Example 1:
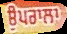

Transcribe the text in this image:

ਉਪਰਾਲਾ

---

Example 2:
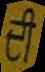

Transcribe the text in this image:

ਦੀ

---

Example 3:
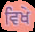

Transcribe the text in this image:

ਵਿਖੇ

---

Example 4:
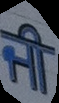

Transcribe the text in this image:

ਜੀ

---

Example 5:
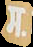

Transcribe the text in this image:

ਸ.